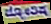
ಜ್ಯೋರಷ